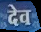
देव